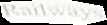
Railways